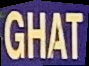
GHAT